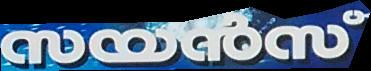
സയൻസ്